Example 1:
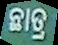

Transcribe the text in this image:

ଛାତ୍ର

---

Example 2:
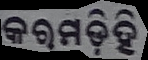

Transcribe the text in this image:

କରମଡ଼ିହି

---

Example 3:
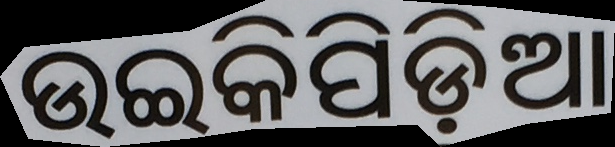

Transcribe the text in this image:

ଉଇକିପିଡ଼ିଆ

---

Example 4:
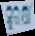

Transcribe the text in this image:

ସୁରକ୍ଷା'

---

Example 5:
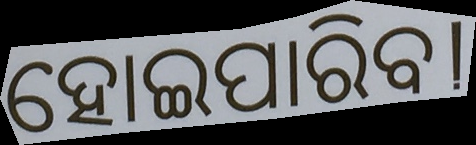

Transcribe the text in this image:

ହୋଇପାରିବ !